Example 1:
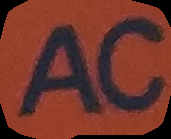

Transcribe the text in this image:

AC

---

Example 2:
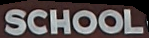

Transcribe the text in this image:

SCHOOL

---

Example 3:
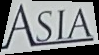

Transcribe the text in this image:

ASIA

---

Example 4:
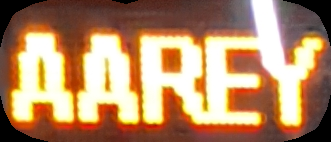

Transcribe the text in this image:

AAREY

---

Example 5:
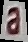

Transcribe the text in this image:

a